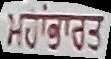
ਮਹਾਂਭਾਰਤ